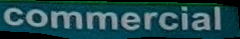
commercial